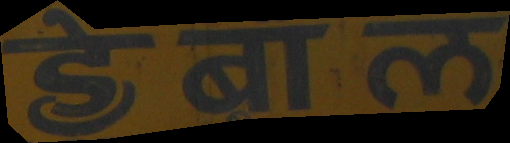
हेबाल